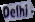
Delhi-